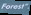
Forest"